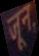
जून,